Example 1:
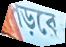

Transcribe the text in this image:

পড়বে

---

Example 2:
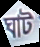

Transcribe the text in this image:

ঘাট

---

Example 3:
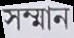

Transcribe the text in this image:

সম্মান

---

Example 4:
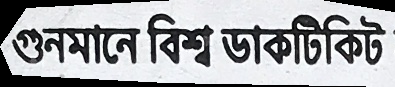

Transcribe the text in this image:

গুনমানে বিশ্ব ডাকটিকিট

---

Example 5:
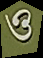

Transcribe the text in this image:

ও